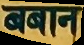
बबान